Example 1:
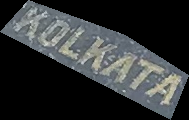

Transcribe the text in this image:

KOLKATA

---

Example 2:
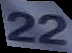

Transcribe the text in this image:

22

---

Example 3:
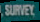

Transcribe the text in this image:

SURVEY,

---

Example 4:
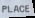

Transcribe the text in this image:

PLACE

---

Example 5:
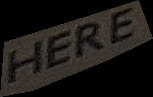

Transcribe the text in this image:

HERE